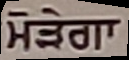
ਮੜੇਗਾ